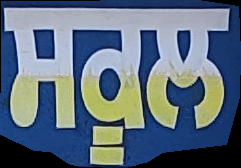
ਸਕੂਲ